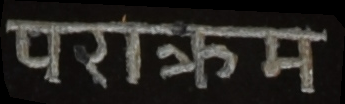
पराक्रम